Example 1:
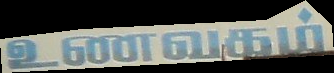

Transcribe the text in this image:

உணவகம்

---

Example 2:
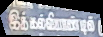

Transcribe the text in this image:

இக் கல்வியாண்டில்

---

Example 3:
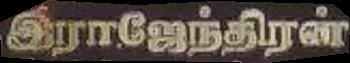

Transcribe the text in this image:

இராஜேந்திரன்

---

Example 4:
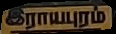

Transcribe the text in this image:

இராயபுரம்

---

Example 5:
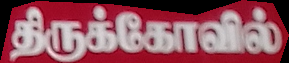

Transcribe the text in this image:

திருக்கோவில்